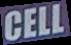
CELL